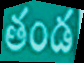
తండ